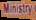
Ministry